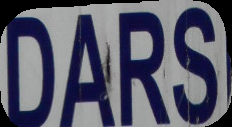
DARS